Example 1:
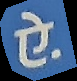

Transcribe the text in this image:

ऐ.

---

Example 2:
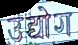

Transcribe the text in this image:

उद्योग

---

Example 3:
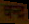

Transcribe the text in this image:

चन्द्र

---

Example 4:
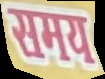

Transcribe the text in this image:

समय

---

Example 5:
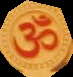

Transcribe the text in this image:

ॐ